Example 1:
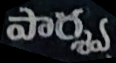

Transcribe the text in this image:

పార్శ్వ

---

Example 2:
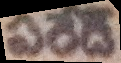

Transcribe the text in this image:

పరేడ్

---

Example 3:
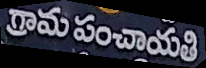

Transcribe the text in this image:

గ్రామపంచాయతి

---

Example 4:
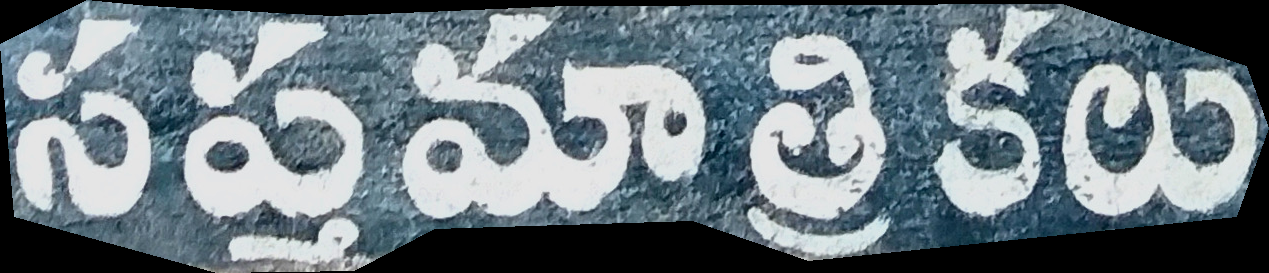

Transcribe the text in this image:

సప్తమాత్రి కలు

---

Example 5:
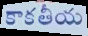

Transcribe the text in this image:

కాకతీయ